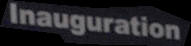
Inauguration